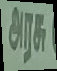
அரசு